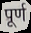
पूर्ण